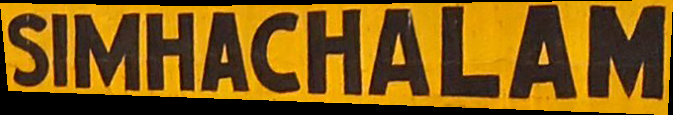
SIMHACHALAM